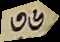
৩৬